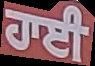
ਹਾਈ